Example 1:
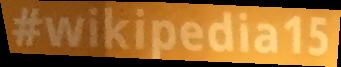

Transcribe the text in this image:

#wikipedia15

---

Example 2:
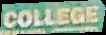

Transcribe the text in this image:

COLLEGE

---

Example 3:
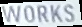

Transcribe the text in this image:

WORKS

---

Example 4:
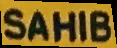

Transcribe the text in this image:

SAHIB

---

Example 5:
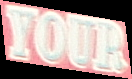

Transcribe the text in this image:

YOUR